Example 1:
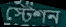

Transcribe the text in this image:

স্টেশন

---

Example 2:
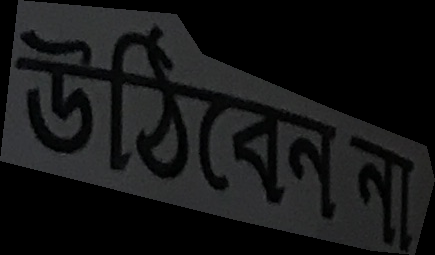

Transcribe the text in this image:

উঠিবেন না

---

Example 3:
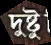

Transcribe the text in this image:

দুষ্টু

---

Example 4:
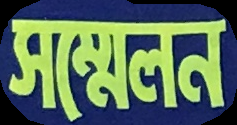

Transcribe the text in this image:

সম্মেলন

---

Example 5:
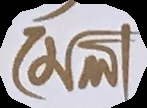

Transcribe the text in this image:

মেলা